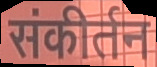
संकीर्तन